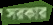
সরকার